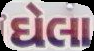
ઘેલા